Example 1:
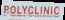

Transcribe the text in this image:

POLYCLINIC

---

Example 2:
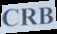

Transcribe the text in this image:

CRB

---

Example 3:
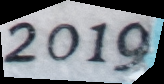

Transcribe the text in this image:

2019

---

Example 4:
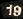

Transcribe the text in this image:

19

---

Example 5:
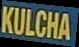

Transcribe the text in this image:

KULCHA